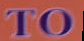
TO